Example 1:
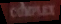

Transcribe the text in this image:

COMPLEX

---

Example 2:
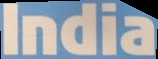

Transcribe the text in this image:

India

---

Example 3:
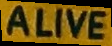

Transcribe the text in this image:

ALIVE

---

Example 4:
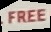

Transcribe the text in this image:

FREE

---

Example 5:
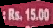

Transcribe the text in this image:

Rs.15.00